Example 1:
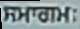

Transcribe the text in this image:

ਸਮਾਗਮ:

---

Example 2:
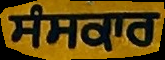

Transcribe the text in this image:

ਸੰਸਕਾਰ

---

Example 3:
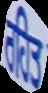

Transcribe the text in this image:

ਰਰਿਤ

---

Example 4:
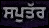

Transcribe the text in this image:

ਸਪੁਤੱਰ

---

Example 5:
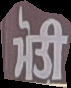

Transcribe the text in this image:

ਮੋਤੀ